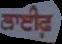
ਲਾਈਫ਼